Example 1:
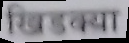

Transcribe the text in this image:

खिडक्या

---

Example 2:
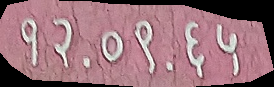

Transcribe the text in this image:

१९.०१.६५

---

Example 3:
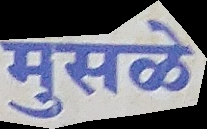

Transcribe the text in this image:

मुसळे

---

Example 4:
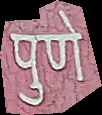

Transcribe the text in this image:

पुणे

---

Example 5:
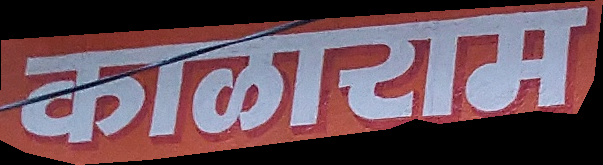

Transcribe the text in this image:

काळाराम